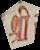
श्री